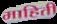
माहिती